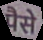
पैसे